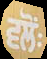
ਵਲੋਂ: